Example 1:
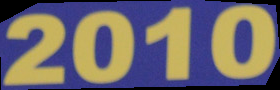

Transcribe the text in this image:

2010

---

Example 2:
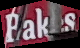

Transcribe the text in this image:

Paks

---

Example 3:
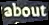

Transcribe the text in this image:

about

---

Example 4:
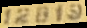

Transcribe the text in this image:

12819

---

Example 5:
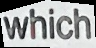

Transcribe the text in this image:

which